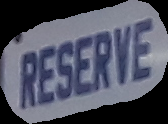
RESERVE